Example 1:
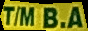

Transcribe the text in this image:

T/MB.A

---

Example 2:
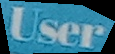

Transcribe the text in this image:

User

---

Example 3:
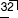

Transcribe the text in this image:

32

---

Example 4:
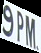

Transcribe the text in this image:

9PM.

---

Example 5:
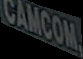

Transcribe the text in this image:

CAMCOM,